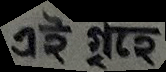
এই গৃহে